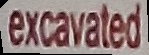
excavated